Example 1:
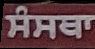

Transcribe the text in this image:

ਸੰਸਥਾ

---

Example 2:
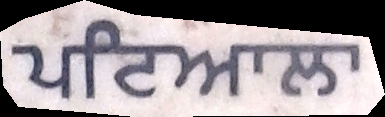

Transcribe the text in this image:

ਪਰਿਆਲਾ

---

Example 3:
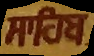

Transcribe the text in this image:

ਸਾਹਿਬ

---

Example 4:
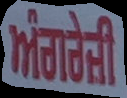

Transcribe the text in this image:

ਅੰਗਰੇਜੀ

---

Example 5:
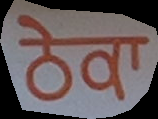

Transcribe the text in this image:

ਠੇਕਾ